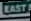
EAST